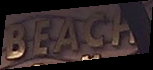
BEACH